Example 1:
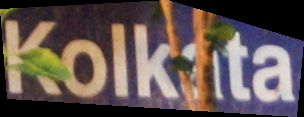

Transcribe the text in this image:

Kolkata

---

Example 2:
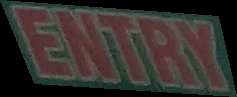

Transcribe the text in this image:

ENTRY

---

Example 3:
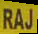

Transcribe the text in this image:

RAJ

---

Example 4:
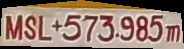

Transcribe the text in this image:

MSL+573.985m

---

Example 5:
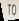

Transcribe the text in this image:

TO